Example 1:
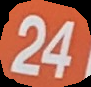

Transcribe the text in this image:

24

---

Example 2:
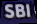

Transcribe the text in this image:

SBI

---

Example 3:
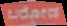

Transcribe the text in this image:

udara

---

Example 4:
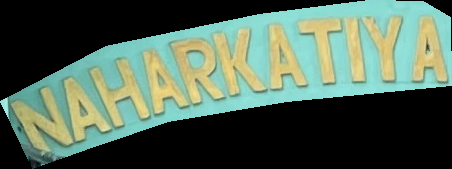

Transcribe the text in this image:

NAHARKATIYA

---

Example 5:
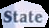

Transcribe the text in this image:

State